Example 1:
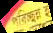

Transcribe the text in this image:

পরিচ্ছন্ন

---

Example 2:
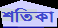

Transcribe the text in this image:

শতিকা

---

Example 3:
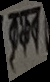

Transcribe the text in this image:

কৃষ্ণৰ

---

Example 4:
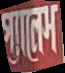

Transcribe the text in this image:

প্যালেস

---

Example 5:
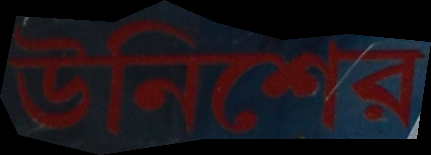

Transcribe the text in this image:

উনিশের